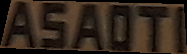
ASAOTI